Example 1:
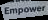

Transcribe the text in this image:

Empower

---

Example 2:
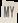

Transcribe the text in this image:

MY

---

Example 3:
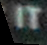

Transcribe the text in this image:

IT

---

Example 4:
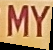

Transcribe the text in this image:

MY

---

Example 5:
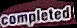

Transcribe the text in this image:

completed